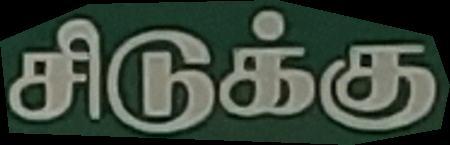
சிடுக்க